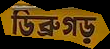
ডিব্ৰুগড়